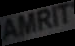
AMRIT